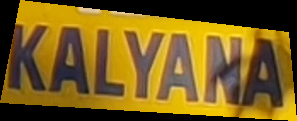
KALYANA